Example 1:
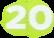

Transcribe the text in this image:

20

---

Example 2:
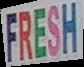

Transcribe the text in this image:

FRESH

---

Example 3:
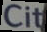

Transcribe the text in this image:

Cit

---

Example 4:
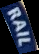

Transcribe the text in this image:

RAIL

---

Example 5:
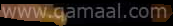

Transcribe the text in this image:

www.qamaal.com